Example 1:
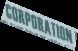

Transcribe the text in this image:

CORPORATION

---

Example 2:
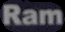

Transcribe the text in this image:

Ram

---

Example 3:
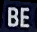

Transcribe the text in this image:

BE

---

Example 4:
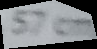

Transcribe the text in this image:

57cm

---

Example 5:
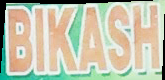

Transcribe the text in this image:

BIKASH